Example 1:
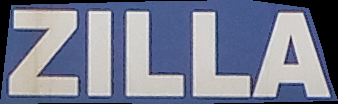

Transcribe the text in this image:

ZILLA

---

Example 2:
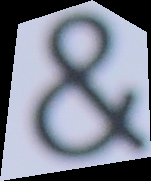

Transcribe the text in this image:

&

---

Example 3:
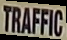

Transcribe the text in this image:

TRAFFIC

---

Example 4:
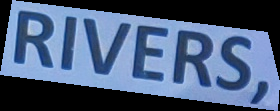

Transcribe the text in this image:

RIVERS,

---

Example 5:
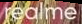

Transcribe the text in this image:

realme